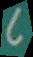
८